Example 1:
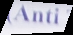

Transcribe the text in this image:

Anti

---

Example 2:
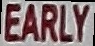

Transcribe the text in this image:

EARLY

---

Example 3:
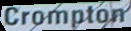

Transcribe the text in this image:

Crompton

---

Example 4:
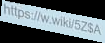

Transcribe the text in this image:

https://w.wiki/5Z$A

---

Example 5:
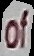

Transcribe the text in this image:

of